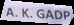
A.K.GADP